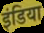
इंडिया